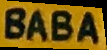
BABA